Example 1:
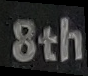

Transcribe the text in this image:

8th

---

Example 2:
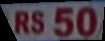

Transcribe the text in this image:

RS50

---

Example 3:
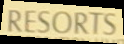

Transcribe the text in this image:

RESORTS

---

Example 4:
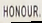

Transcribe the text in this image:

HONOUR.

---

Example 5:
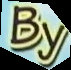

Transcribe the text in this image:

By